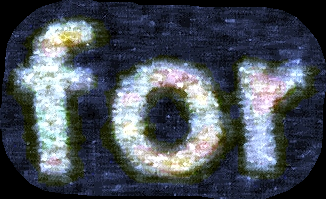
for